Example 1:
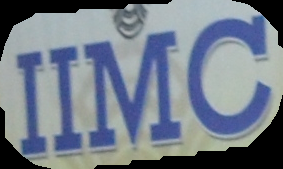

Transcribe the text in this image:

IIMC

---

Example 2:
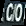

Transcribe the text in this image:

CIO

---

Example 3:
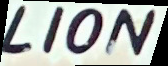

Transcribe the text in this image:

LION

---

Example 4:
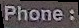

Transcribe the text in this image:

Phone:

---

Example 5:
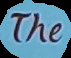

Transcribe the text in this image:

The